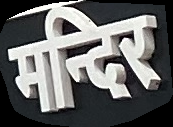
मन्दिर